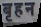
बृहन